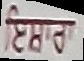
ਇਸ਼ਾਰਾ